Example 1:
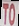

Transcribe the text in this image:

TO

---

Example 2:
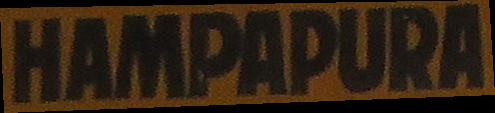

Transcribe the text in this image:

HAMPAPURA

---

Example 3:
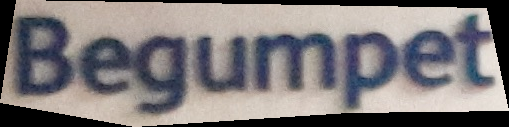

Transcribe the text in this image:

Begumpet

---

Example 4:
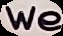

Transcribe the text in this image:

We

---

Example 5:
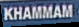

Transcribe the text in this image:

KHAMMAM